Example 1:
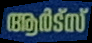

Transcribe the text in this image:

ആർട്‌സ്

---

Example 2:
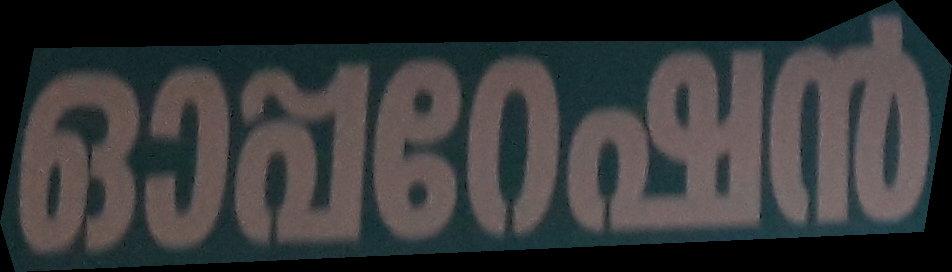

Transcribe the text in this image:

ഓപറേഷൻ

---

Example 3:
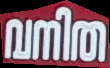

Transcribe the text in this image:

വനിത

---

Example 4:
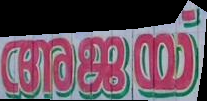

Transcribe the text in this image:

അജയ്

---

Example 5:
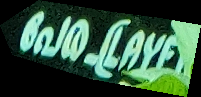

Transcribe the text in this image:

പേര-(LAYF